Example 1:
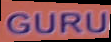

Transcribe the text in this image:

GURU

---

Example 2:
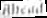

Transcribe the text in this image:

Ahead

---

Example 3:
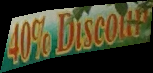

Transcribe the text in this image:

40%Discount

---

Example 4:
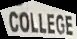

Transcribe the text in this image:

COLLEGE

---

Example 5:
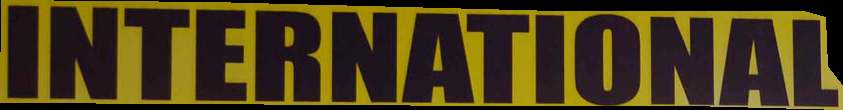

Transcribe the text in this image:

INTERNATIONAL